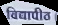
विद्यापीठ